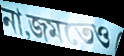
না,জমতেও